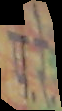
प.रे.